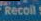
Recoil